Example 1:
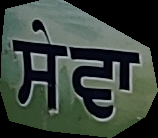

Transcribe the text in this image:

ਸੇਵਾ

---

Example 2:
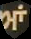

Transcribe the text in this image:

ਆਂ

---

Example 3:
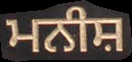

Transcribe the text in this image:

ਮਨੀਸ਼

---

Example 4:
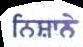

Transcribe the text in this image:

ਨਿਸ਼ਾਨੇ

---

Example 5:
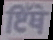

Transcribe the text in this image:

ਇੱਥੇ